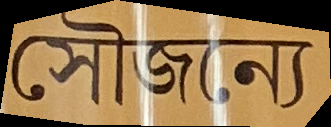
সৌজন্যে